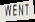
WENT